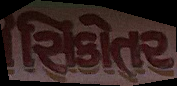
શિકોતર